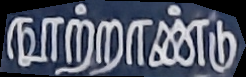
நூற்றாண்டு